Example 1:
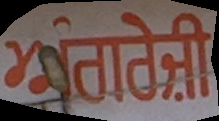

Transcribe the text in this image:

ਅੰਗਰੇਜ਼ੀ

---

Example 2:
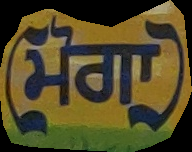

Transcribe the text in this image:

(ਮੋਗਾ)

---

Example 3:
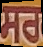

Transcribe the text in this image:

ਸਰ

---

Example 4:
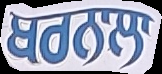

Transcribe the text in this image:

ਬਰਨਾਲਾ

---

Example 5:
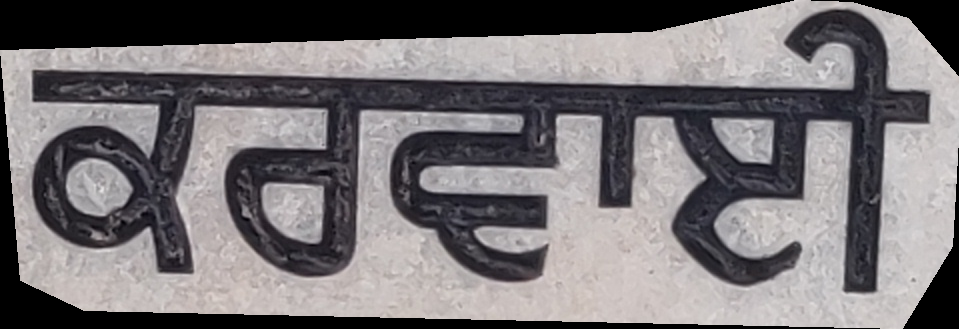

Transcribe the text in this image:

ਕਰਵਾਈ